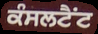
ਕੰਸਲਟੈਂਟ